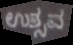
ಉತ್ಸವ